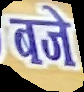
बजे